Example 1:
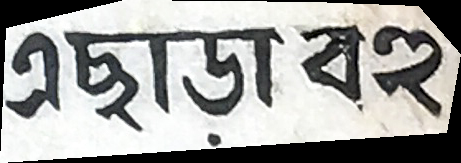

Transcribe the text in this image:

এছাড়া৷বহু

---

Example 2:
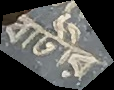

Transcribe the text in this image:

বাটার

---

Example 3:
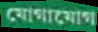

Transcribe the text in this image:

যোগাযোগ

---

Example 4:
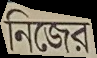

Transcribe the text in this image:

নিজের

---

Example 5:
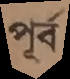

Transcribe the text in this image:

পূর্ব